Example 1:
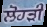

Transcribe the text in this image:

ਲੇਹੜੀ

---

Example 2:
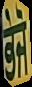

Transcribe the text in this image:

ਭੇਜੋ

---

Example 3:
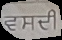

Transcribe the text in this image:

ਵਸਦੀ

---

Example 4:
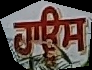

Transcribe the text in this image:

ਹਾਊਸ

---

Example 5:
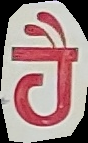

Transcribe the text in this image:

ਹੈ